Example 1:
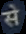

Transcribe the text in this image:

से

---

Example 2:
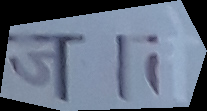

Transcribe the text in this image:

जाते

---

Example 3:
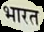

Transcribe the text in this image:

भारत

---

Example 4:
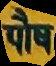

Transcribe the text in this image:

पौष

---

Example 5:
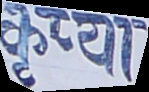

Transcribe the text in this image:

कृप्या